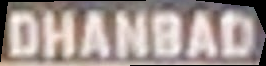
DHANBAD